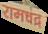
रामचंद